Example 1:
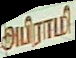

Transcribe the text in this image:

அபிராமி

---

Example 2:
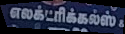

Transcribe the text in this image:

எலக்ட்ரிக்கல்ஸ்&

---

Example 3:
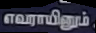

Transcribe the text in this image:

எவராயினும்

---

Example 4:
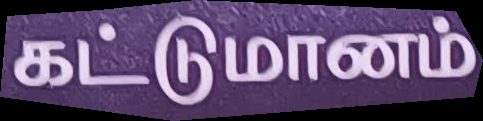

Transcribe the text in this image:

கட்டுமானம்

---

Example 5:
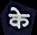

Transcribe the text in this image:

நின